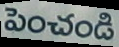
పెంచండి